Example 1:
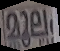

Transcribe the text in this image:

മൂല്ലി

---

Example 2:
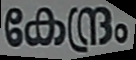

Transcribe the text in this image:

കേന്ദ്രം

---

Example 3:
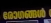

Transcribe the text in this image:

രോഗങ്ങൾ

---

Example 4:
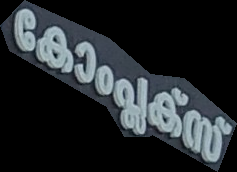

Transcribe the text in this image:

കോംപ്ലക്‌സ്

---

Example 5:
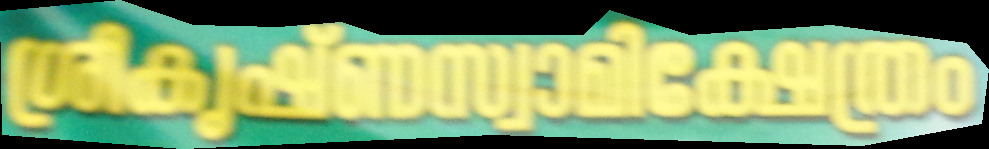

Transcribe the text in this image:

ശ്രീകൃഷ്‌ണസ്വാമിക്ഷേത്രം